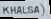
KHALSA)